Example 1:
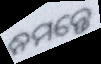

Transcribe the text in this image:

ନମନ୍ତେ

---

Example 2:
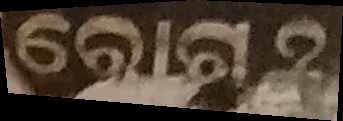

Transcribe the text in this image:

ରୋଗ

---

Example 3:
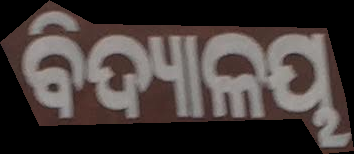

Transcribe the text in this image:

ବିଦ୍ୟାଳୟ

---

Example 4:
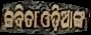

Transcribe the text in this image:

କବିତା ଓଡ଼ିଆଙ୍କ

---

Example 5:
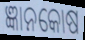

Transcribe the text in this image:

ଜ୍ଞାନକୋଷ